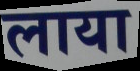
लाया